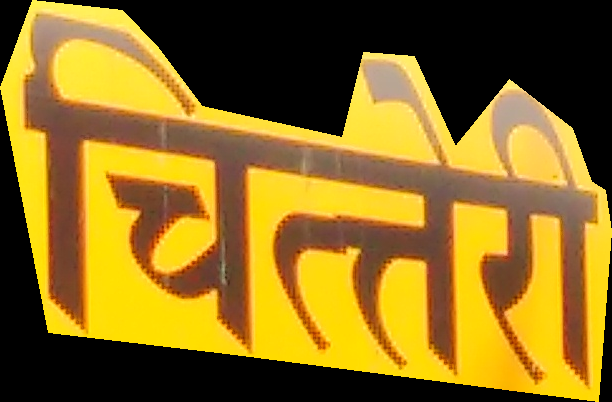
चित्त्तेरी